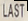
LAST